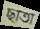
ছাতা